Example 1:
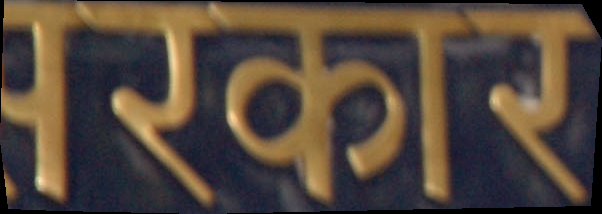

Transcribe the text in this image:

सरकार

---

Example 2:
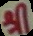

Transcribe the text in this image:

श्री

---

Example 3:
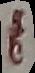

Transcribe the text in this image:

र्है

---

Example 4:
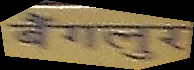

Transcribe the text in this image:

बैंगलुर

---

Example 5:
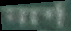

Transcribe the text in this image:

मार्ग